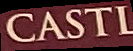
CASTL